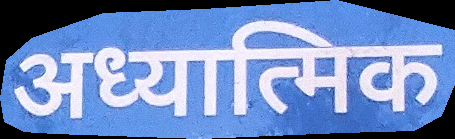
अध्यात्मिक